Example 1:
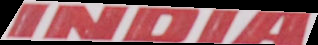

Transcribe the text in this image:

INDIA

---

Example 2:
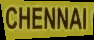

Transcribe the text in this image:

CHENNAI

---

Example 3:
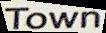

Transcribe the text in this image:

Town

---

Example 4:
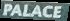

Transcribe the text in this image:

PALACE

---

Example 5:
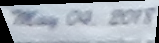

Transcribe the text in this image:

May04.2018